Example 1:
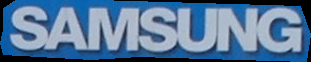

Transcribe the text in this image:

SAMSUNG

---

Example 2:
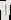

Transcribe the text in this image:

I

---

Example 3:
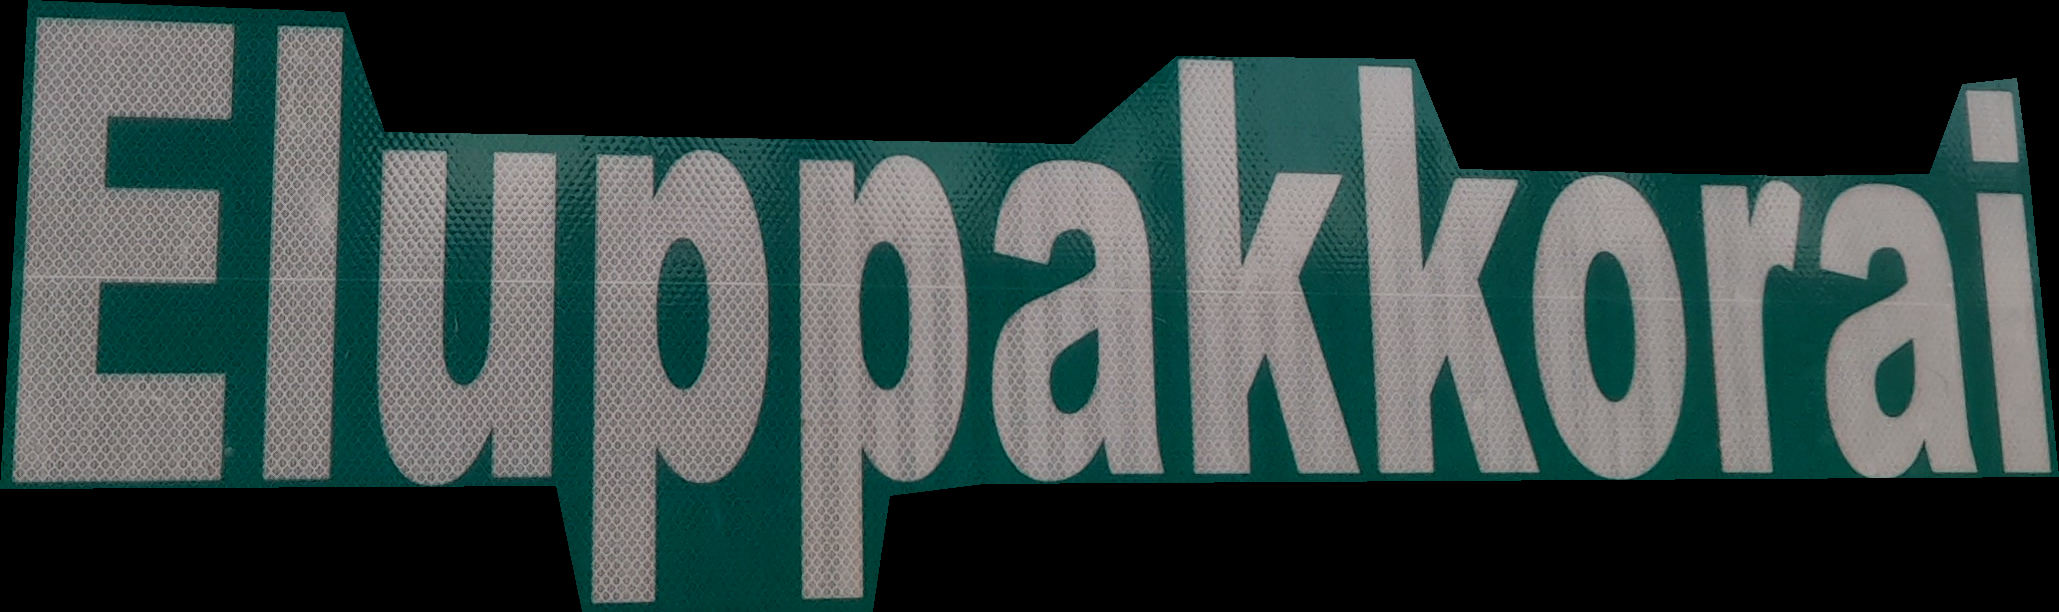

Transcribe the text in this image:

Eluppakkorai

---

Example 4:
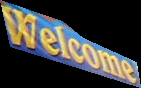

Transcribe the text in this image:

Welcome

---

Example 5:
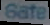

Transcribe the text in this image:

Gate